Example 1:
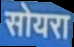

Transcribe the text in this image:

सोयरा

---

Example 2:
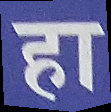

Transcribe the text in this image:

हा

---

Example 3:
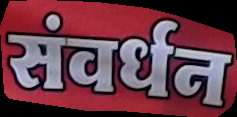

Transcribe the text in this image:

संवर्धन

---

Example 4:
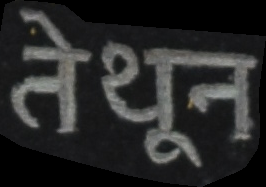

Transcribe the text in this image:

तेथून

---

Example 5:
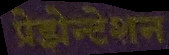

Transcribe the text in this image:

प्रेझेन्टेशन